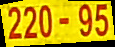
220-95